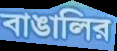
বাঙালির